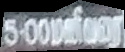
5.00மணிவரை